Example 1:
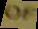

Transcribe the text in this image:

OF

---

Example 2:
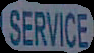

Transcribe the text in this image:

SERVICE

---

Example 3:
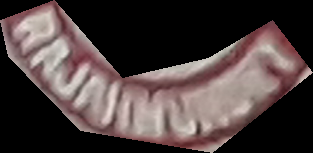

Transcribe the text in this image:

RAJAMUNDRY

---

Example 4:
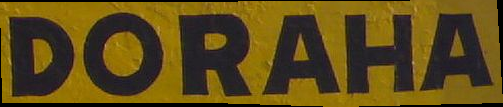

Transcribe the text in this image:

DORAHA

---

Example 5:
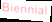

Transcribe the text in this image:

Biennial